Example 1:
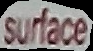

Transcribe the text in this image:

surface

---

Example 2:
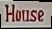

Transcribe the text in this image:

House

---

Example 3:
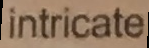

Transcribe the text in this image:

intricate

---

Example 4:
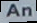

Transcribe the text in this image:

An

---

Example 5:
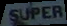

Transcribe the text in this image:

SUPER